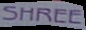
SHREE